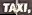
TAXI,